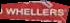
WHELLERS